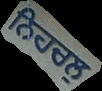
ਨਿਹਚਲੁ